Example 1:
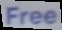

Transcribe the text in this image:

Free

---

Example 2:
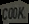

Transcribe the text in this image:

COOK.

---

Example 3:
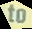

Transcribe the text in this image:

to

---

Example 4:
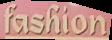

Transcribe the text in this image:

fashion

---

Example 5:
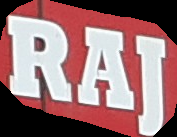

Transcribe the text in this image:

RAJ